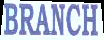
BRANCH